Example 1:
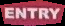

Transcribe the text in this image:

ENTRY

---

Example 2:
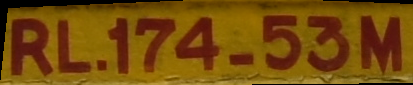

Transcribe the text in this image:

RL.174-53M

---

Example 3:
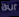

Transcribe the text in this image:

aur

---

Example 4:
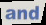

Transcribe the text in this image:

and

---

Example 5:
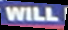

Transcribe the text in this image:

WILL